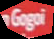
Gogai